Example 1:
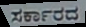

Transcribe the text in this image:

ಸರ್ಕಾರದ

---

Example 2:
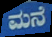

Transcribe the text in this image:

ಮನೆ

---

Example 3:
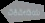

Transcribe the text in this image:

ಎಕಿಪೀಡಿಯ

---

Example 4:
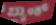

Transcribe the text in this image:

ಬ್ಯಾಂಕ್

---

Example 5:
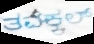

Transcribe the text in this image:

ತವಕ್ಕಲ್